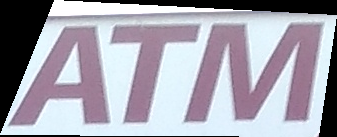
ATM